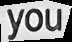
you